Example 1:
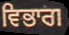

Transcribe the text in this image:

ਵਿਭਾਗ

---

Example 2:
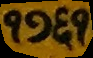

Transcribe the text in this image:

੧੭६੧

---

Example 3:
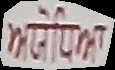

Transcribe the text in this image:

ਅਯੋਧਿਆ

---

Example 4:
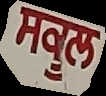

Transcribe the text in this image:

ਸਕੂਲ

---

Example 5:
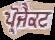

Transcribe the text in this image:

ਪ੍ਰੋਜੈਕਟ